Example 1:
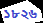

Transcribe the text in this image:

১৮২৬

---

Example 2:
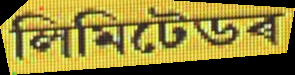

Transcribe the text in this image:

লিমিটেডৰ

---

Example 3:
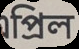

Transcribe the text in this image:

প্ৰিল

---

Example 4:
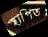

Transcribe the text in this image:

স্থাপিত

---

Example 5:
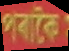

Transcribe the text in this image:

পৰাকৈ